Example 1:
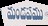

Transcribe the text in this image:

మందపము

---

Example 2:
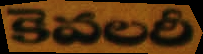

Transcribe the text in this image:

కెవలరీ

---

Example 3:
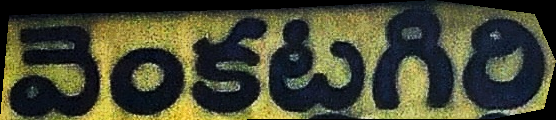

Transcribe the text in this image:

వెంకటగిరి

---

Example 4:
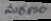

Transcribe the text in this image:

మరణం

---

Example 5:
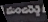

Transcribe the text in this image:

మంచరెడ్డి